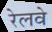
रेलवे